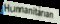
Humanitarian